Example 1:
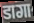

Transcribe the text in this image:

डागा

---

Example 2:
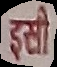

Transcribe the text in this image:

इसी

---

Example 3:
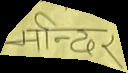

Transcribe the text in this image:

मन्दिर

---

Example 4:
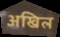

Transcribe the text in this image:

अखिल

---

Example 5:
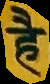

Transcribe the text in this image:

है